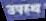
उपस्थ